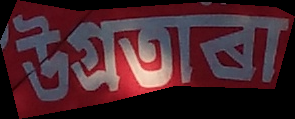
উগ্রতাৰা